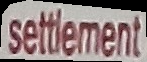
settlement